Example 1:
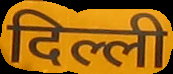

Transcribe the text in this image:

दिल्ली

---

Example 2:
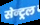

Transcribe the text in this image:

सेन्ट्रल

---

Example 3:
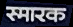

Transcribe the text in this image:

स्मारक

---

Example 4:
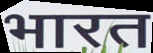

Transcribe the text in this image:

भारत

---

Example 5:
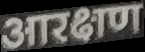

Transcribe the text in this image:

आरक्षण